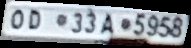
OD-33A-5958